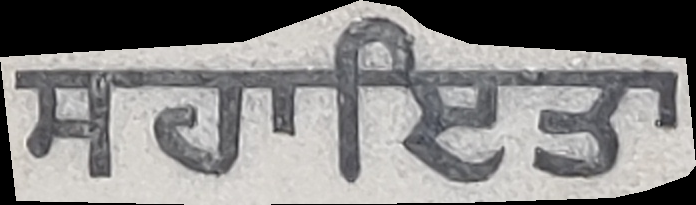
ਸਹਾਇਤਾ